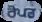
ਰੋਪਰ